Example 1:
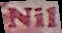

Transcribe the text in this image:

Nil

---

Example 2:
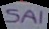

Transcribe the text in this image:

SAI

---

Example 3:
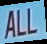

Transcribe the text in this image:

ALL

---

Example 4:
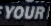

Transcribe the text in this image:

YOUR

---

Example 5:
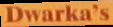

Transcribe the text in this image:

Dwarka